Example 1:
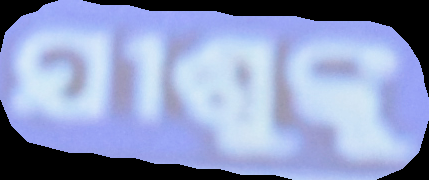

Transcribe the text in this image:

ଯୀଶୁଙ୍କୁ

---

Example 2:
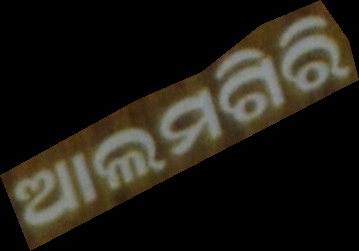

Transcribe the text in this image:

ଆଲମଗିରି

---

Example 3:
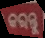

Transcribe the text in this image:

କରନ୍ତୁ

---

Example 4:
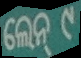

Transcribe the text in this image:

ଲେନ ୯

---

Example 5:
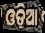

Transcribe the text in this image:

ଓତିଆ